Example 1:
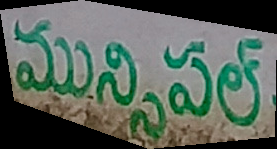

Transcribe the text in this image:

మున్సిపల్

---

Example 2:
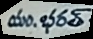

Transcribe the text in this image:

యు.భరత్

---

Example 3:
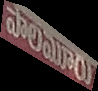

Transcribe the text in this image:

పాలమూరు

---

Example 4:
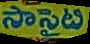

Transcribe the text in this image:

సాసైట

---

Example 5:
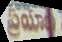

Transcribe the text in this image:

ప్రయీణ